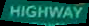
HIGHWAY